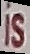
is